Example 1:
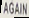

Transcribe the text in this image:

AGAIN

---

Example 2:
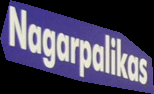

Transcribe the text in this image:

Nagarpalikas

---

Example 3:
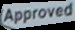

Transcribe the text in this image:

Approved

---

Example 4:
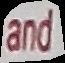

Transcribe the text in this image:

and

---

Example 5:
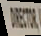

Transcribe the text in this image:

DIRECTOR